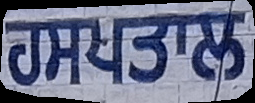
ਹਸਪਤਾਲ